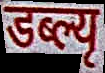
डब्ल्यू